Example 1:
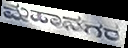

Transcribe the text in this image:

ಮಹಾನಗರ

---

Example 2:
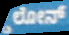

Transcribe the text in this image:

ಲೋನ್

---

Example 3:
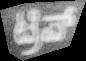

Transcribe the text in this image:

ಟ್ರಿಪ್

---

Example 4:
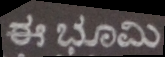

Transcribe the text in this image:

ಈಭೂಮಿ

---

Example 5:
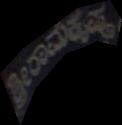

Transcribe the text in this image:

ಶ್ರೀ ರಾಮಕೃಷ್ಣ